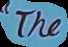
The